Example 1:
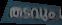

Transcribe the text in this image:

തടവും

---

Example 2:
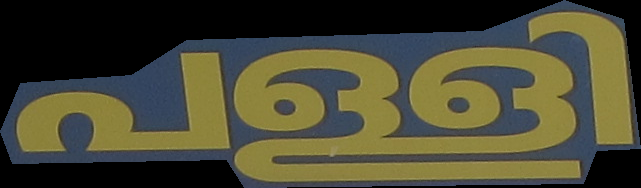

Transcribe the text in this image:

പള്ളി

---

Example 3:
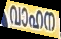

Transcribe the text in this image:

വാഹന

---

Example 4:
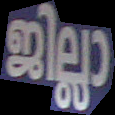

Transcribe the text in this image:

ജില്ലാ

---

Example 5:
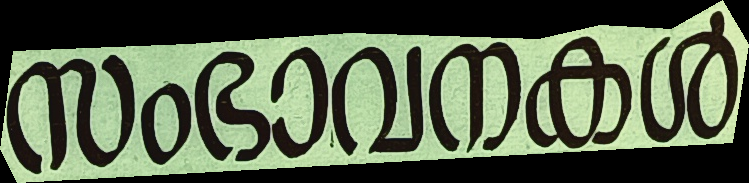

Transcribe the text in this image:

സംഭാവനകൾ